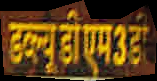
डब्ल्यूडीएम3डी